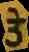
ਤੇ